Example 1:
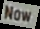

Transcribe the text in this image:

Now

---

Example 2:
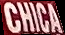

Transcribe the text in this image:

CHICA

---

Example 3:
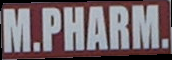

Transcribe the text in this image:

M.PHARM.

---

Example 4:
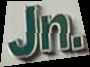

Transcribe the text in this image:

Jn.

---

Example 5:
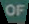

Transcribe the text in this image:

OF